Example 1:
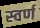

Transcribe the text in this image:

स्वर्ण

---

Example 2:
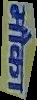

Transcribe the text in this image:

मौका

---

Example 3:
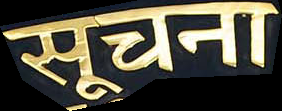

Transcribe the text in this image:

सूचना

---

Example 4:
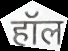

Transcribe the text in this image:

हाॅल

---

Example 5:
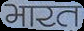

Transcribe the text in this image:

भारत